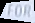
FOR